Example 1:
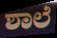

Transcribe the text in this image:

ಶಾಲೆ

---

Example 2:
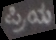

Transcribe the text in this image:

ಪ್ರಿಯ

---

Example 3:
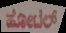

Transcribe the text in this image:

ಹೋಟೆಲ್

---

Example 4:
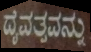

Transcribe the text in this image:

ದೈವತ್ತವನ್ನು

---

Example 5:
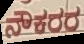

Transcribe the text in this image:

ನೌಕರರ